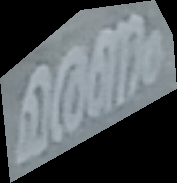
മര‌ണം